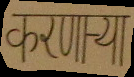
करणाऱ्या